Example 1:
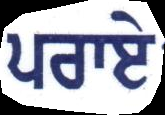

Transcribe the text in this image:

ਪਰਾਏ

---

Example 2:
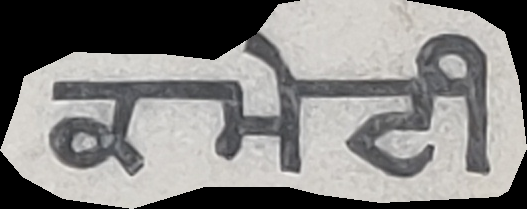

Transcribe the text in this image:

ਕਮੇਟੀ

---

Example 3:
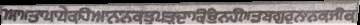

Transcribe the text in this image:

ਆ॥ਤਾਪਾਧੇਕਹਿਆਨਾਨਕਝਪੜਦਾਕਿਉਨਹੀ॥ਤਬਗੁਰੁਨਾਨਕਸੀਕ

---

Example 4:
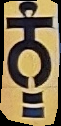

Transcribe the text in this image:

ਨੂੰ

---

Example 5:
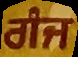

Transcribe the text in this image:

ਗੰਜ